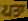
ਪਤਾ